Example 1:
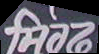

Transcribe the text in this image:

मिग्ढ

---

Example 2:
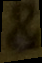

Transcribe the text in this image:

बोल्ड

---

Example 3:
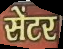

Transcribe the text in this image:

सेंटर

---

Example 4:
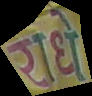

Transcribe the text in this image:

राधे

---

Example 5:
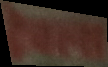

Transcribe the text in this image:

ट्रेवल्स